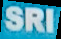
SRI